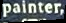
painter,